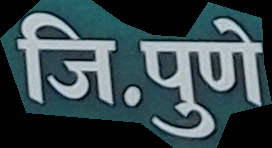
जि.पुणे